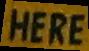
HERE